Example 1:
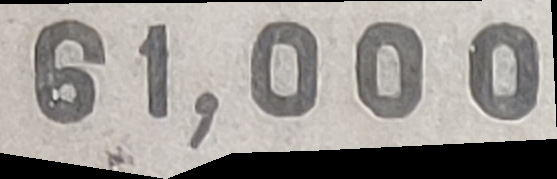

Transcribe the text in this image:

61,000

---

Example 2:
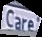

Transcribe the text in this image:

Care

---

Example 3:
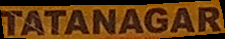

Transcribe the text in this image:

TATANAGAR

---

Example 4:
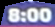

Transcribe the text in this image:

8:00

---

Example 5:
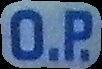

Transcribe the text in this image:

O.P.